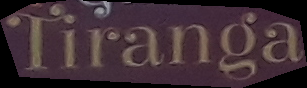
Tiranga